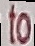
to